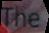
The